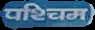
पश्‍चिम